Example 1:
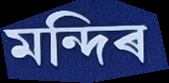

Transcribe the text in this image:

মন্দিৰ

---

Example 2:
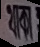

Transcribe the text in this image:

থাকা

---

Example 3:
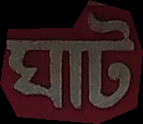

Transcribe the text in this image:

ঘাট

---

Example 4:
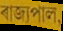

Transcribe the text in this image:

ৰাজ্যপাল,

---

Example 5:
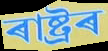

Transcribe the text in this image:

ৰাষ্ট্ৰৰ